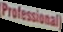
Professional)